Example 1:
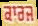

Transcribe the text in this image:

ਕਾਰਜ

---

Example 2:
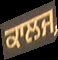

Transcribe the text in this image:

ਕਾਲਜ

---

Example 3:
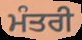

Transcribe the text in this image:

ਮੰਤਰੀ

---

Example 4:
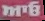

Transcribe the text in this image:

ਆਓੁ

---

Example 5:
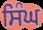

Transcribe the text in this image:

ਸਿੰਘ